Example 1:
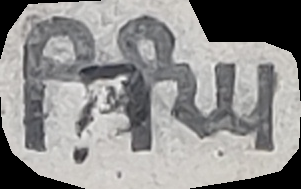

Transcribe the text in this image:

ਸਿੰਘ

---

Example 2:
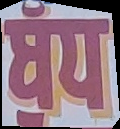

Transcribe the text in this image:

ਬੁੱਧ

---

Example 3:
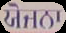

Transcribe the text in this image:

ਯੋਜਨਾ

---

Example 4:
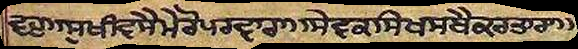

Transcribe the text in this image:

ਵਚ॥ਸੁਖੀਵਸੈਮੇਰੋਪਰਵਾਰਾ॥ਸੇਵਕਸਿਖਸਬੈਕਰਤਾਰਾ॥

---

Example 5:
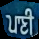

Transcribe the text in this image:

ਪਾਣੀ